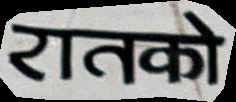
रातको